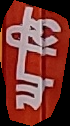
ਘਲਿ